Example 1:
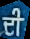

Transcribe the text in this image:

ਦੀ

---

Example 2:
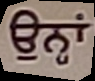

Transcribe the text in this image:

ਉਨ੍ਹਾ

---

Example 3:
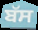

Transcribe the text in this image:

ਬੱਸ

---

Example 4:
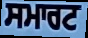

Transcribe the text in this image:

ਸਮਾਰਟ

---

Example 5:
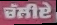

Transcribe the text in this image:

ਚੱਲੀਏ